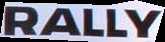
RALLY